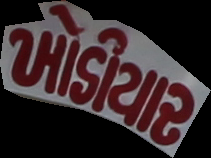
ખોડીયાર